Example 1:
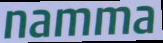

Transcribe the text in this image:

namma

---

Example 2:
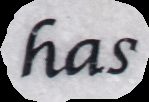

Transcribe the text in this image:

has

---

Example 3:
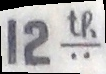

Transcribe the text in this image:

12th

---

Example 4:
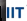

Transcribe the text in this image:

IIT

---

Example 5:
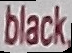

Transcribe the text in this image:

black,